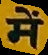
में